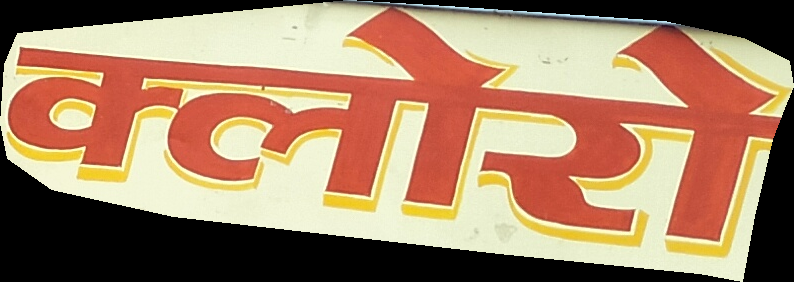
क्लोरो